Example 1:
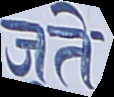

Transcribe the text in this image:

जूते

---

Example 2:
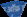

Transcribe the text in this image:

ऑफ्र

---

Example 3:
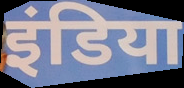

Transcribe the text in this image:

इंडिया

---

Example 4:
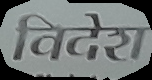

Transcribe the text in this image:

विदेश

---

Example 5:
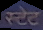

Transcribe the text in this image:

स्टेट